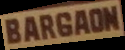
BARGAON